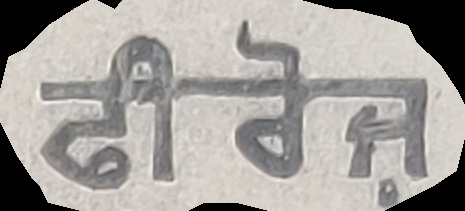
ਫੀਰੋਜ਼